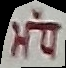
ਮਂਧ